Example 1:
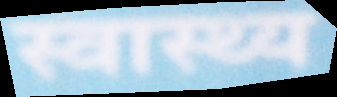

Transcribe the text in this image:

स्वास्थ्य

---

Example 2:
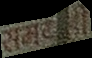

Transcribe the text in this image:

सम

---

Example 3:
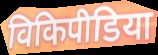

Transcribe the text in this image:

विकिपीडिया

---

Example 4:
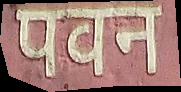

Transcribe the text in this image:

पवन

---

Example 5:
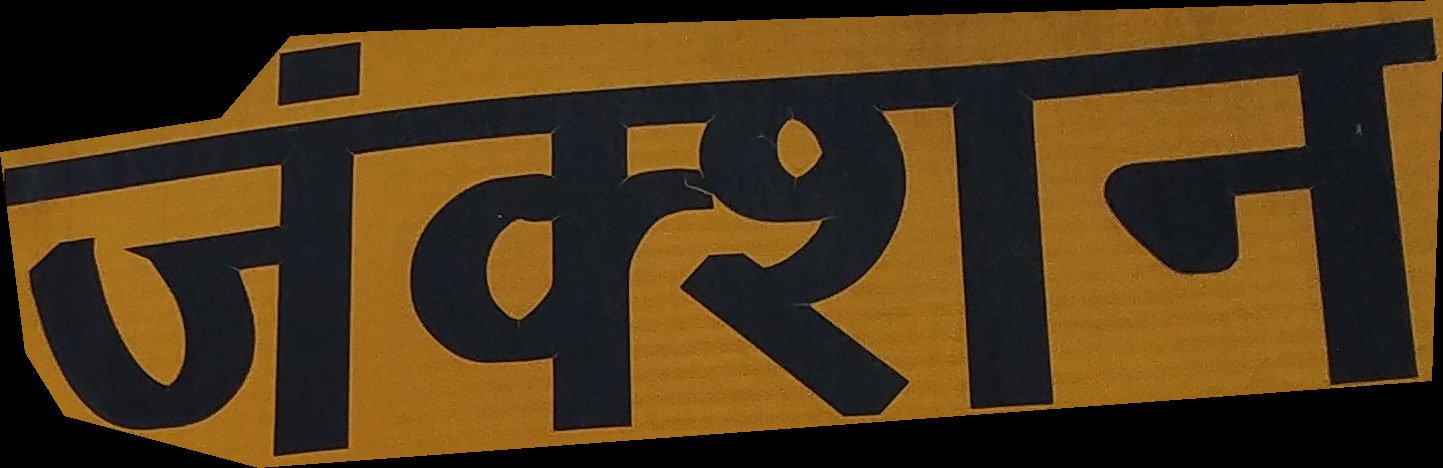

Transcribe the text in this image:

जंक्शन